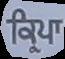
ਕਿूਪਾ